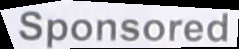
Sponsored